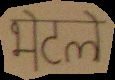
भेटले